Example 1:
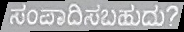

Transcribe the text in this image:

ಸಂಪಾದಿಸಬಹುದು?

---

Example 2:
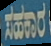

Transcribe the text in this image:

ಸಹಕಾರ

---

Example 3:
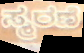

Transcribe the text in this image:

ಸ್ಮರಣಿ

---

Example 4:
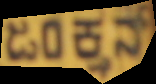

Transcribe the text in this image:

ಜಂಕ್ತನ್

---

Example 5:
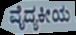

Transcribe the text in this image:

ವೈದ್ಯಕೀಯ